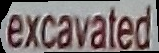
excavated